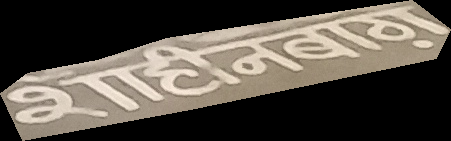
शाहीनबाग़